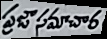
ప్రజౌసమాచార